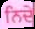
ਨਿਦੇ